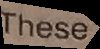
These